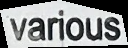
various